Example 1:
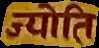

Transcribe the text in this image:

ज्योति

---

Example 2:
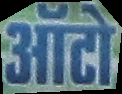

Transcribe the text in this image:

ऑटो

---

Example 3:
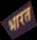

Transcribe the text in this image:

भारत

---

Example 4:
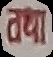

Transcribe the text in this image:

तथा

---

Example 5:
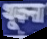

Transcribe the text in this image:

थूकता